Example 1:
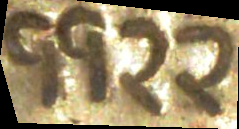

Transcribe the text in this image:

9922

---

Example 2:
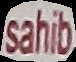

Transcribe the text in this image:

sahib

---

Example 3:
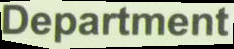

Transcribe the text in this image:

Department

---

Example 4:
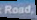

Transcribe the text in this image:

Road,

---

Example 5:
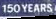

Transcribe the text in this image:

150YEARS